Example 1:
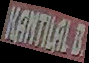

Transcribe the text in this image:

KANTILALB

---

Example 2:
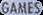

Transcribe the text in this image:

GAMES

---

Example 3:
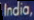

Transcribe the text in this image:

India,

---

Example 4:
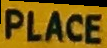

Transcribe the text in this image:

PLACE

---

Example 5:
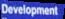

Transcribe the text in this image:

Development